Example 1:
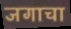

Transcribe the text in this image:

जगाचा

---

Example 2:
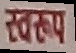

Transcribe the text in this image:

स्वरूप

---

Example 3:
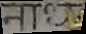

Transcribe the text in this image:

नाथ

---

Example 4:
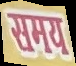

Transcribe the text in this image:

समय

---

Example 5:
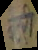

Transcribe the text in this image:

बैटरी